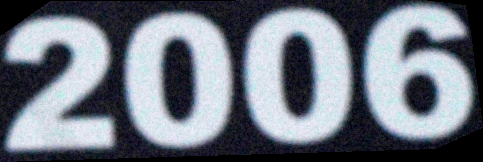
2006